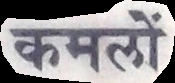
कमलों